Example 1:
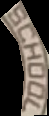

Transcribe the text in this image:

SCHOOL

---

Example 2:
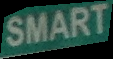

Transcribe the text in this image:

SMART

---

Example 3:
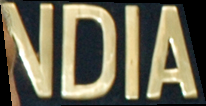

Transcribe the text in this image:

INDIA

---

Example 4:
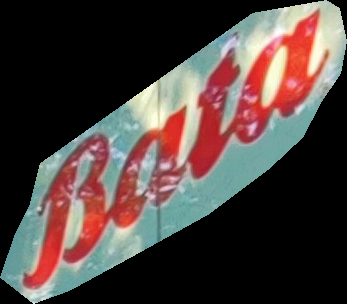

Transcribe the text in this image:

Bata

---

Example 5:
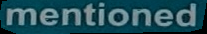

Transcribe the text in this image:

mentioned